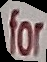
for